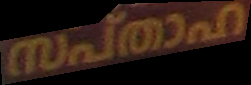
സപ്‌താഹ